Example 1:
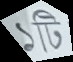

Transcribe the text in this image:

১টি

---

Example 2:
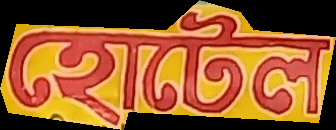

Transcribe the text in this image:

হোটেল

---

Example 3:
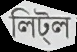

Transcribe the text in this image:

লিট্ল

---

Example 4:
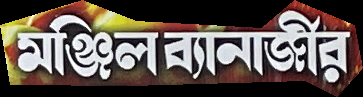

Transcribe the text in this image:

মঞ্জিলব্য৷নাভীর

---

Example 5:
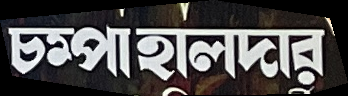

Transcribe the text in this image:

চম্পা হালদার